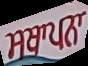
ਸਥਾਪਨਾ